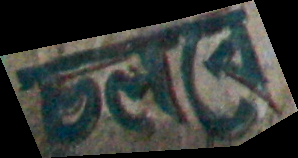
চলবে